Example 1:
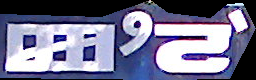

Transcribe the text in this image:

ꯀꯪꯂꯥ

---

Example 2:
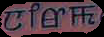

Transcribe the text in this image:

ꯅꯤꯔꯃ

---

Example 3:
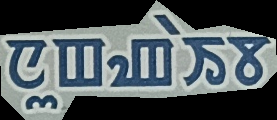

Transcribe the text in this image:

ꯅꯨꯡꯉꯥꯏꯕ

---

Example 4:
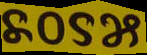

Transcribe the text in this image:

꯲꯰꯱꯷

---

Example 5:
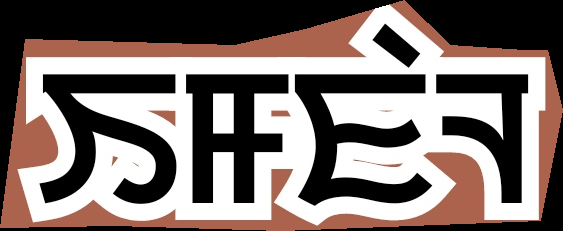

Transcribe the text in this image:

ꯏꯝꯐꯥꯜ